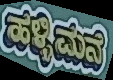
ಹಳ್ಳಿಮನ